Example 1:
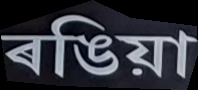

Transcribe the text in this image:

ৰঙিয়া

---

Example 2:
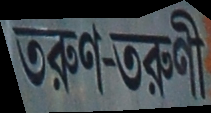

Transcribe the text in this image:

তরুণ-তরুণী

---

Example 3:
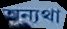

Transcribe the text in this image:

অন্যথা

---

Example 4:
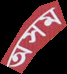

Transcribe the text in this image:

অসম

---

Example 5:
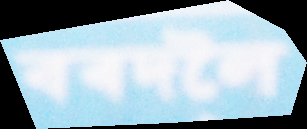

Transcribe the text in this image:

বৰদলৈ